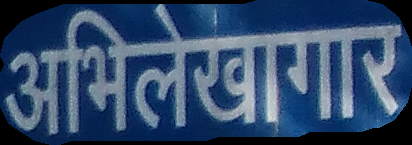
अभिलेखागार